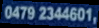
04792344601,